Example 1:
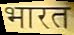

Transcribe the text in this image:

भारत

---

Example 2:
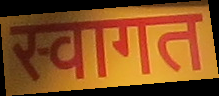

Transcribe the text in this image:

स्‍वागत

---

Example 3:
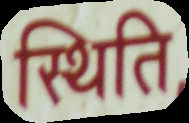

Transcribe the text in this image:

स्थिति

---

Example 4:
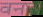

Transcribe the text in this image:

बना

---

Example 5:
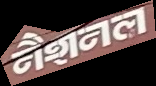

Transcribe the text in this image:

नैशनल